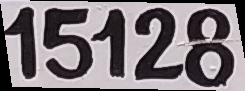
15128